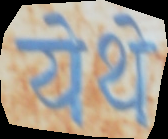
येथे